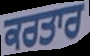
ਕਰਤਾਰ